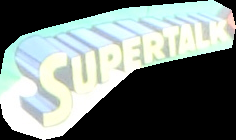
SUPERTALK